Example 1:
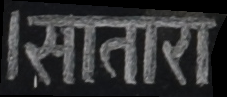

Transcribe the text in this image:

।सातारा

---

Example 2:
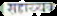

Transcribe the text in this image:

सहाय्यक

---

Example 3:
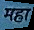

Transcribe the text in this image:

महा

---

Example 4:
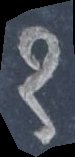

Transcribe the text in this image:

१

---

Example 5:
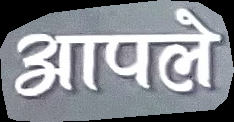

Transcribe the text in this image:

आपले